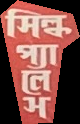
১১৯৭